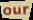
our